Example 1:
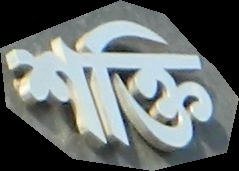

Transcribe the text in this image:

শক্তি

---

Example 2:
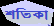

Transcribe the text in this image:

শতিকা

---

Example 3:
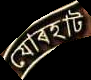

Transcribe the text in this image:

যোৰহাট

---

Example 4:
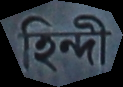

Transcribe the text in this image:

হিন্দী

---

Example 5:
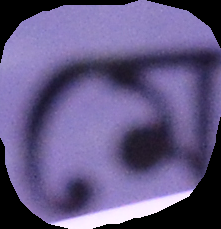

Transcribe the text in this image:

মে